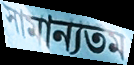
সামান্যতম